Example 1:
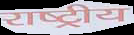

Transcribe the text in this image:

राष्ट्रीय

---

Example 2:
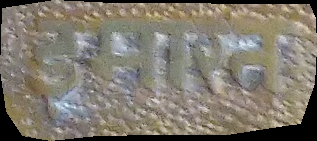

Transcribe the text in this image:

इमारत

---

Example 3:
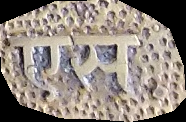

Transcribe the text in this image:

एस.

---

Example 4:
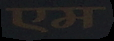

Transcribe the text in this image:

एम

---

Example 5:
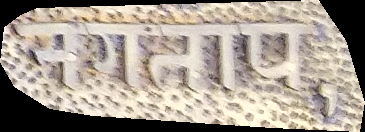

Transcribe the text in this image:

नगताप,